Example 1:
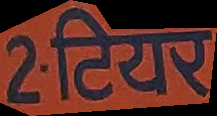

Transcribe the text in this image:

2.टियर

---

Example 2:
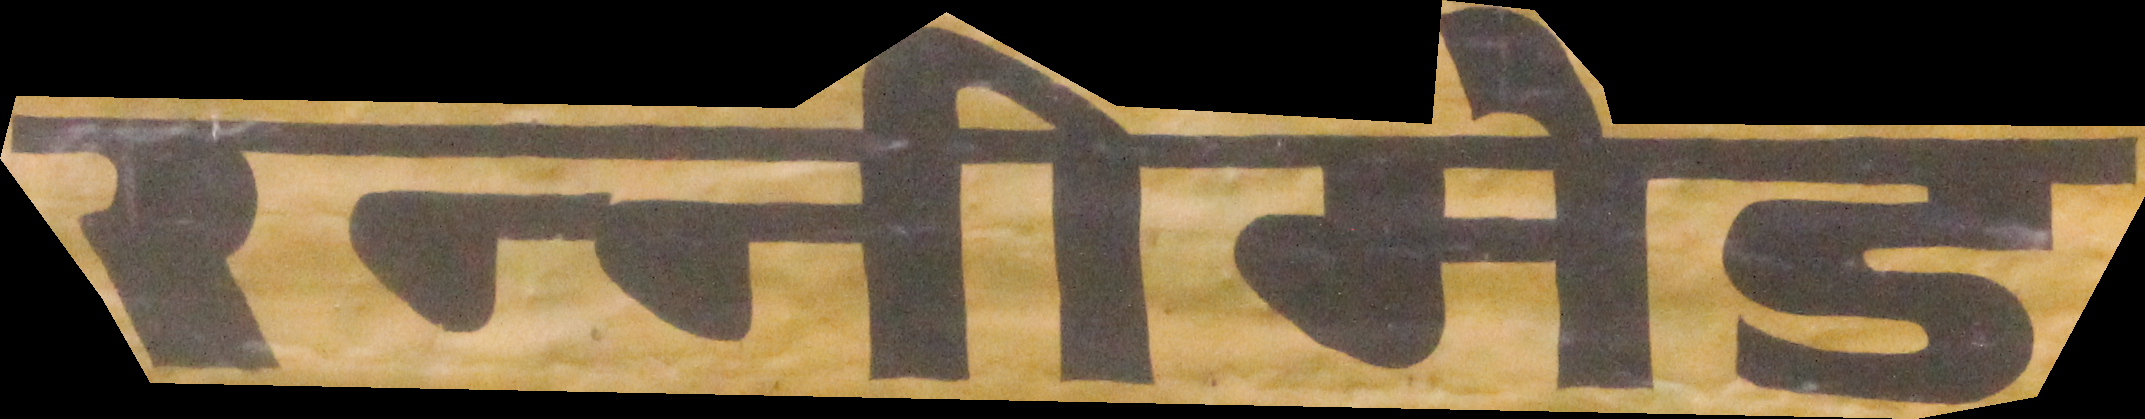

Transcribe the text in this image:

रन्नीमेड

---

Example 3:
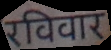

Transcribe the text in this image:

रविवार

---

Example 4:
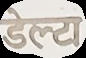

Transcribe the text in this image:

डेल्टा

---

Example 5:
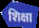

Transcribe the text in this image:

शिक्षा